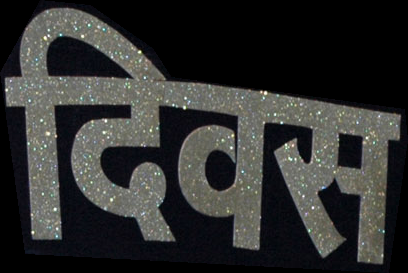
दिवस